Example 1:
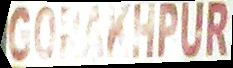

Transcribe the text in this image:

GORAKHPUR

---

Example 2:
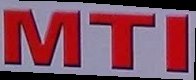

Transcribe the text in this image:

MTI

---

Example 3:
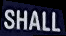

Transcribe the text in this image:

SHALL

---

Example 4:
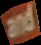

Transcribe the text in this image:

and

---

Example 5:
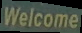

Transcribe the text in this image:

Welcome